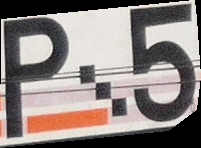
P5